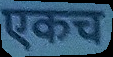
एकच